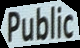
Public